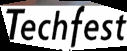
Techfest